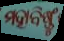
ମହାବିଷ୍ଣୁ